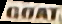
GOAT